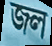
জল